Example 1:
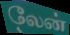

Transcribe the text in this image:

லேன்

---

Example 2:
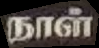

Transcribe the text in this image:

நாள்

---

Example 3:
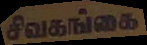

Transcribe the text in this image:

சிவகங்கை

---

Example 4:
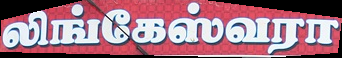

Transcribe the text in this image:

லிங்கேஸ்வரா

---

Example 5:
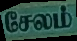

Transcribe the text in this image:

சேலம்